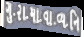
ગુ.રા.મા.વા.વ્ય.નિ